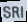
SRI